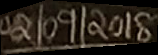
02/09/2018